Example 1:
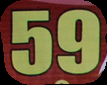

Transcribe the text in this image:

59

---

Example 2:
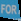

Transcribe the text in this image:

FOR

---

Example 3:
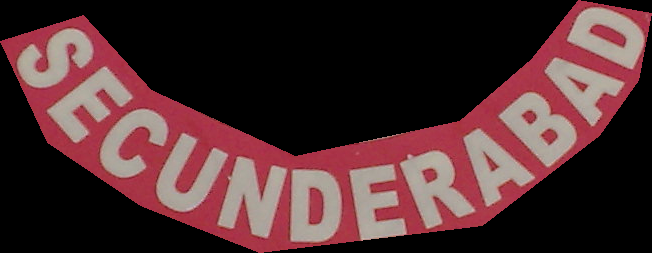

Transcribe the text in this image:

SECUNDERABAD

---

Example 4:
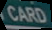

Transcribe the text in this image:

CARD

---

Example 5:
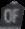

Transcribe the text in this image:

OF